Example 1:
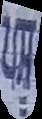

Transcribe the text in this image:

ਪਸ਼ੂ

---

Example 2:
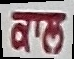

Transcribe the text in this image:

ਕਾਲ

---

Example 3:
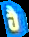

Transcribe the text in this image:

ਹੈ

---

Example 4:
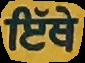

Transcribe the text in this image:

ਇੱਥੇ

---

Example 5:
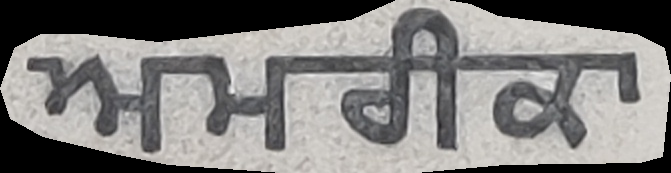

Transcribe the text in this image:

ਅਮਰੀਕਾ